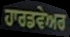
ਹਾਰਡਵੇਅਰ